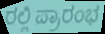
ರಲ್ಲಿಪ್ರಾರಂಭ